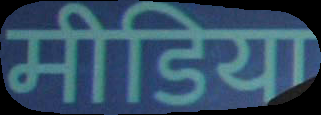
मीडिया